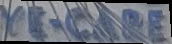
YE-CARE